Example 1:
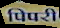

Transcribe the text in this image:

पिपरी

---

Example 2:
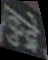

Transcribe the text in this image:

कुद्रे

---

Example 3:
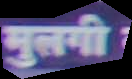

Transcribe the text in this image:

मुलगी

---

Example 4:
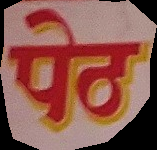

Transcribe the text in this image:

पेठ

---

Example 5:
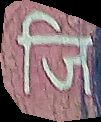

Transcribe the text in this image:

जि